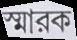
স্মারক